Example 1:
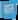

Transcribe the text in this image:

बाल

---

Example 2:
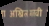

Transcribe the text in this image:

अखिल मानवी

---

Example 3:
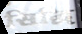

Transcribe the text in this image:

सिहिर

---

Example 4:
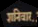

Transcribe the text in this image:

शनिवार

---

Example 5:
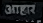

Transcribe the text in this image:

आहार